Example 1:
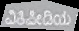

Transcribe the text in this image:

ವಿಕಿಪೀಡಿಯ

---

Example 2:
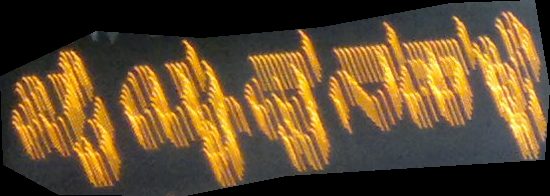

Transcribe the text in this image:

ಚೈಯ್ಯಪ್ಪನಹಳ್ಳಿ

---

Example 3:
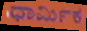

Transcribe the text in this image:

ಧಾರ್ಮಿಕ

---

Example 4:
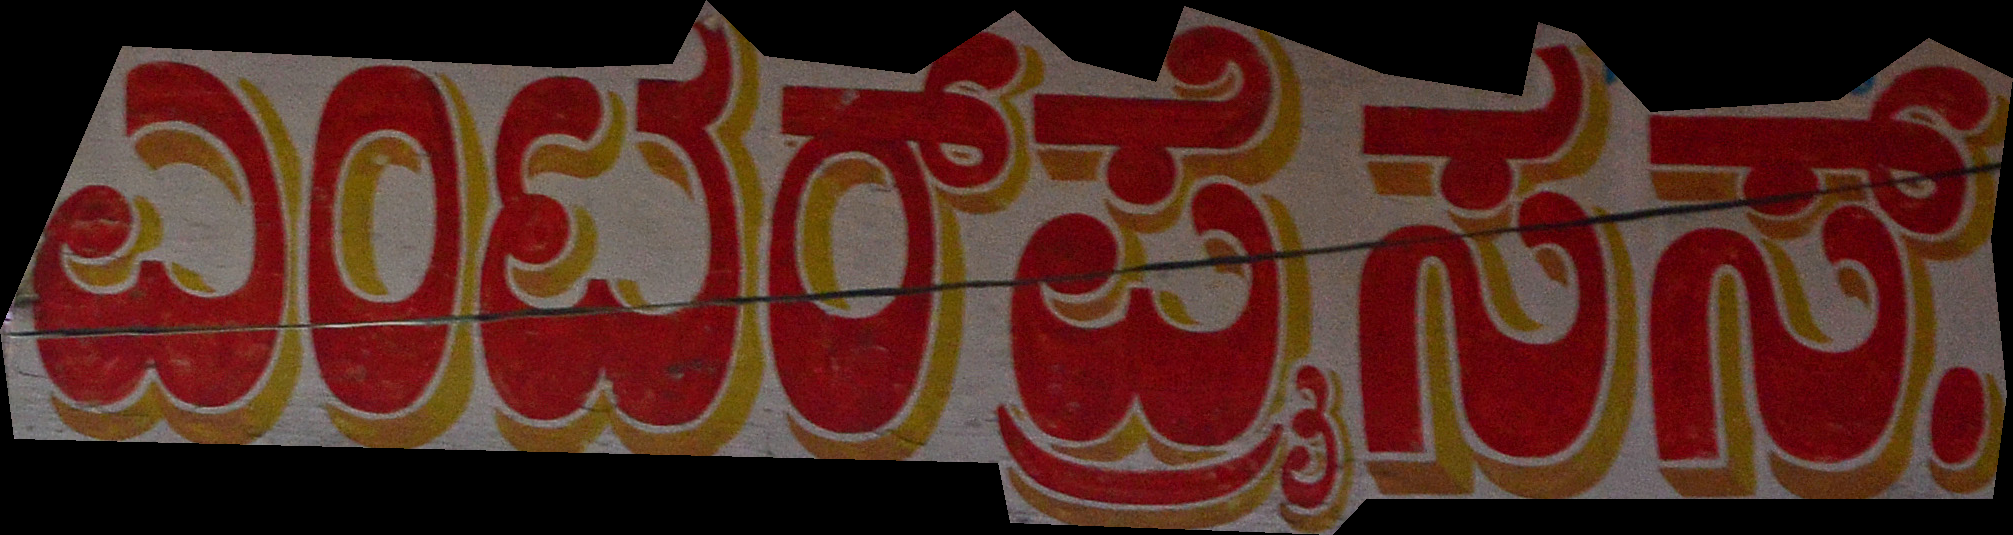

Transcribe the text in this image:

ಎಂಟರ್‌ಪ್ರೆಸಸ್.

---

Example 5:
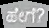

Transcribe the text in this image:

ಹೇಗೆ